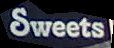
Sweets